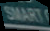
SMART